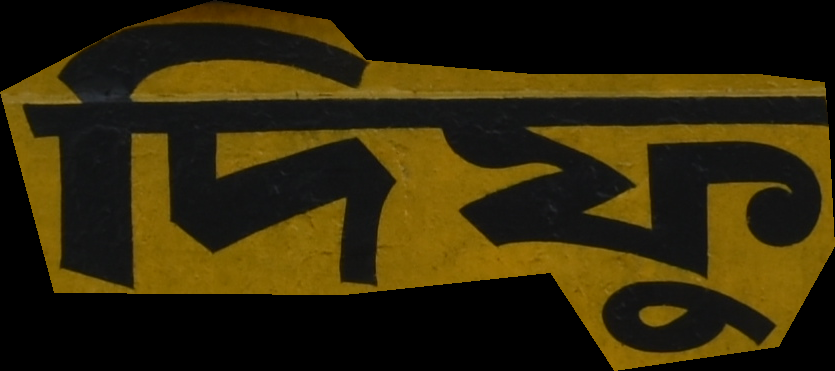
দিফু